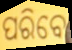
ପରିବେ